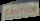
CAUTION